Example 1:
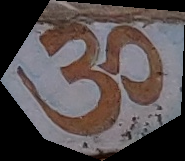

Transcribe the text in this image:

ॐ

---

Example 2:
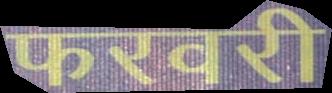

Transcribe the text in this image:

फरवरी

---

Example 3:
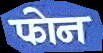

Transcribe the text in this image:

फोन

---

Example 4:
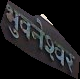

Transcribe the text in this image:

भुवनेश्वर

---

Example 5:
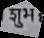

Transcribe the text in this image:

शुभ